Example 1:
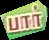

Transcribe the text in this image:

பாா்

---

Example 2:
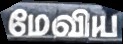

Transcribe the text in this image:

மேவிய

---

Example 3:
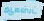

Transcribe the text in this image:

ஆகஸ்ட்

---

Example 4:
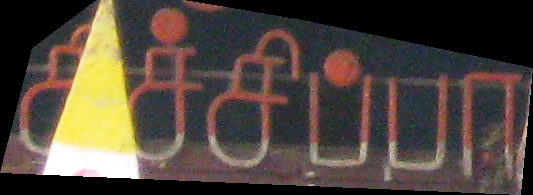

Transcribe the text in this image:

கச்சிப்பா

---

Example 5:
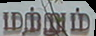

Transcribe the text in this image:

மற்றும்